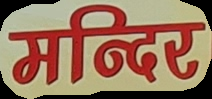
मन्दिर